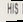
HIS